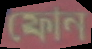
ফোন